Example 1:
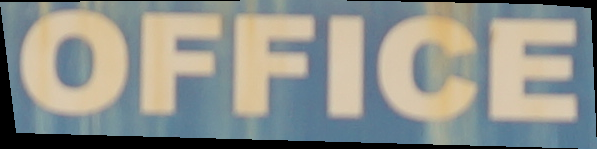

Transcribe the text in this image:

OFFICE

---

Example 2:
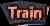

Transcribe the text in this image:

Train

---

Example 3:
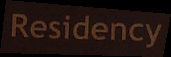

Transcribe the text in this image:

Residency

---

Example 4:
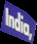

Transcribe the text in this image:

India,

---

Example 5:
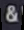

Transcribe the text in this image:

&